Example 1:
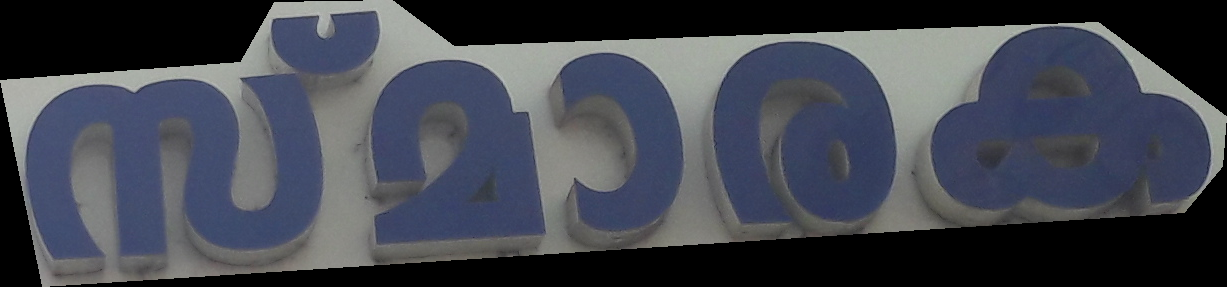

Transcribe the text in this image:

സ്‌മാരക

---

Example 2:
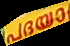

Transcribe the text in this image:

പദയാ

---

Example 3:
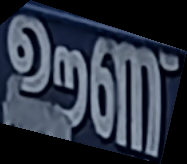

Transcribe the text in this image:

ഊണ്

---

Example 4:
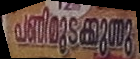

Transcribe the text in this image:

പണിമുടക്കുയു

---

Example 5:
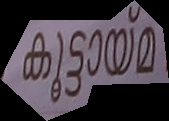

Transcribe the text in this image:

കൂട്ടായ്മ